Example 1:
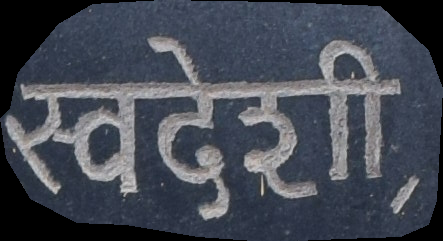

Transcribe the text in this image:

स्वदेशी,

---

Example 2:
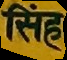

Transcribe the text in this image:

सिंह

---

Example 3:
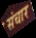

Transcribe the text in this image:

संचार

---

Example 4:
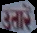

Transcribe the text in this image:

उतारें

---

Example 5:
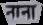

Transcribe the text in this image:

नाना